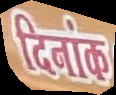
दिनांक